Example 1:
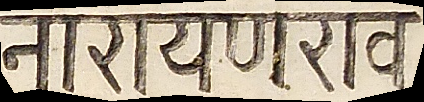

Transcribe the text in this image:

नारायणराव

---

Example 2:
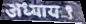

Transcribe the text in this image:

अध्याय१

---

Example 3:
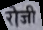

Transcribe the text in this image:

रोजी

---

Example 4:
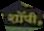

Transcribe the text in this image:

शॉपी,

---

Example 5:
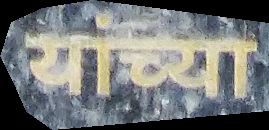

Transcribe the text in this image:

यांच्या